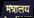
मंत्रालय